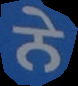
ਨੇ